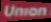
Union